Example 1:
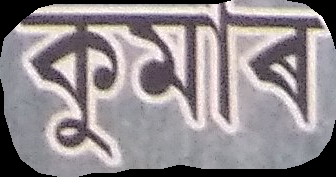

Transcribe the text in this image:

কুমাৰ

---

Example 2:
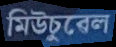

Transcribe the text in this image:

মিউচুৱেল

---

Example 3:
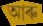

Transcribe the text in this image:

আৰু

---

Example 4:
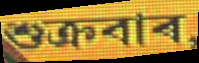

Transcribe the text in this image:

শুক্রবাৰ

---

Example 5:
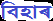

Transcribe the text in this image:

বিহাৰ